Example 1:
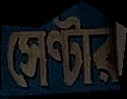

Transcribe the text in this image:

সেণ্টার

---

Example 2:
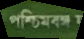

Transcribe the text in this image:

পশ্চিমবঙ্গ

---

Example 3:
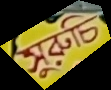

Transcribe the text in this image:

সুরুচি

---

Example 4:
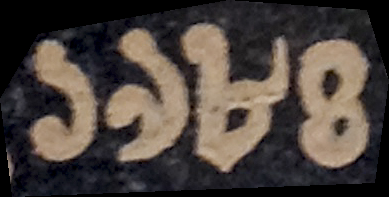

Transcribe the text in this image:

১৯৮৪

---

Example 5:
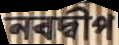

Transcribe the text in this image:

নবদ্বীপ